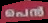
പെൻ